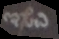
ಇಸೆಎ